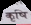
कृषि